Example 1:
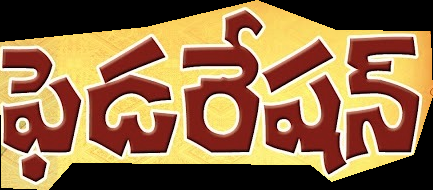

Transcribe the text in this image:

ఫెడరేషన్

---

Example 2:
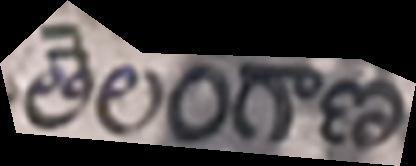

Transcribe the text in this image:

తెలంగాణ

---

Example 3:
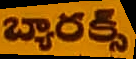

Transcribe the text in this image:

బ్యరక్స్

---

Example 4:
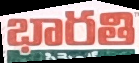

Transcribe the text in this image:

భారతి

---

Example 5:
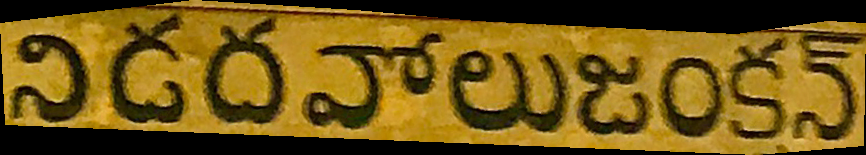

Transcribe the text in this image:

నిడదవోలుజంకన్